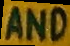
AND